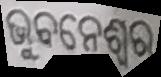
ଭୁବନେଶ୍ଵର